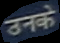
उनके